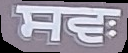
ਸਵ: